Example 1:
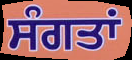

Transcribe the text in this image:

ਸੰਗਤਾਂ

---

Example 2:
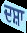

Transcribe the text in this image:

ਦਸ਼ਾ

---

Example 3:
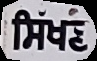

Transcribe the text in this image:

ਸਿੱਖਣ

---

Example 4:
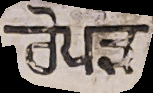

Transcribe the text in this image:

ਰੋਪੜ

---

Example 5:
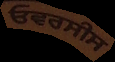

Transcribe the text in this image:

ਓਵਰਸੀਸ